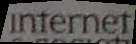
internet